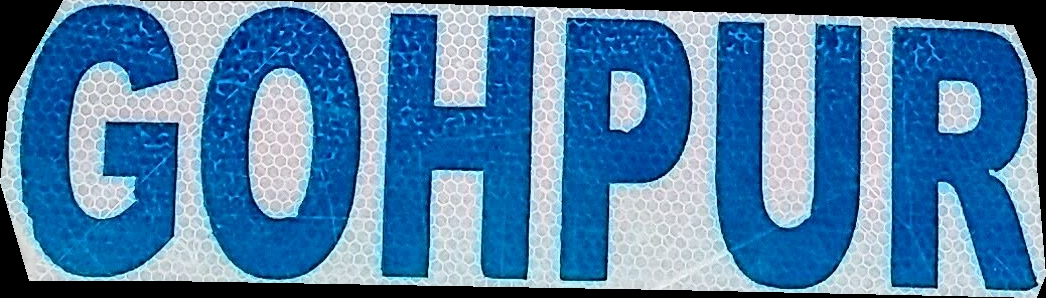
GOHPUR